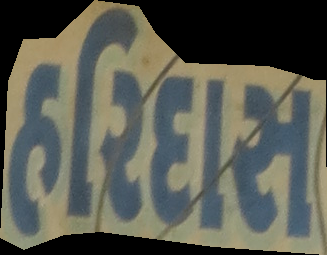
હરિદાસ